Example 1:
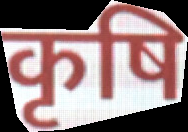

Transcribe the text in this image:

कृषि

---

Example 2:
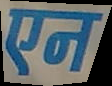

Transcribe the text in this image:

एन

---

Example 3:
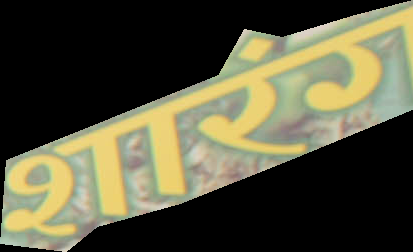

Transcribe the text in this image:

शारंग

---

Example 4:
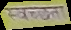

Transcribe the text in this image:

स्वच्छता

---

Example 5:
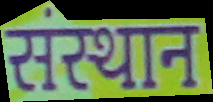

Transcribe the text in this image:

संस्थान